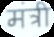
मंत्री